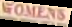
GOMENS